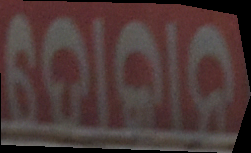
ଦୋକାନ